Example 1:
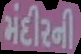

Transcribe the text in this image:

મંદીરની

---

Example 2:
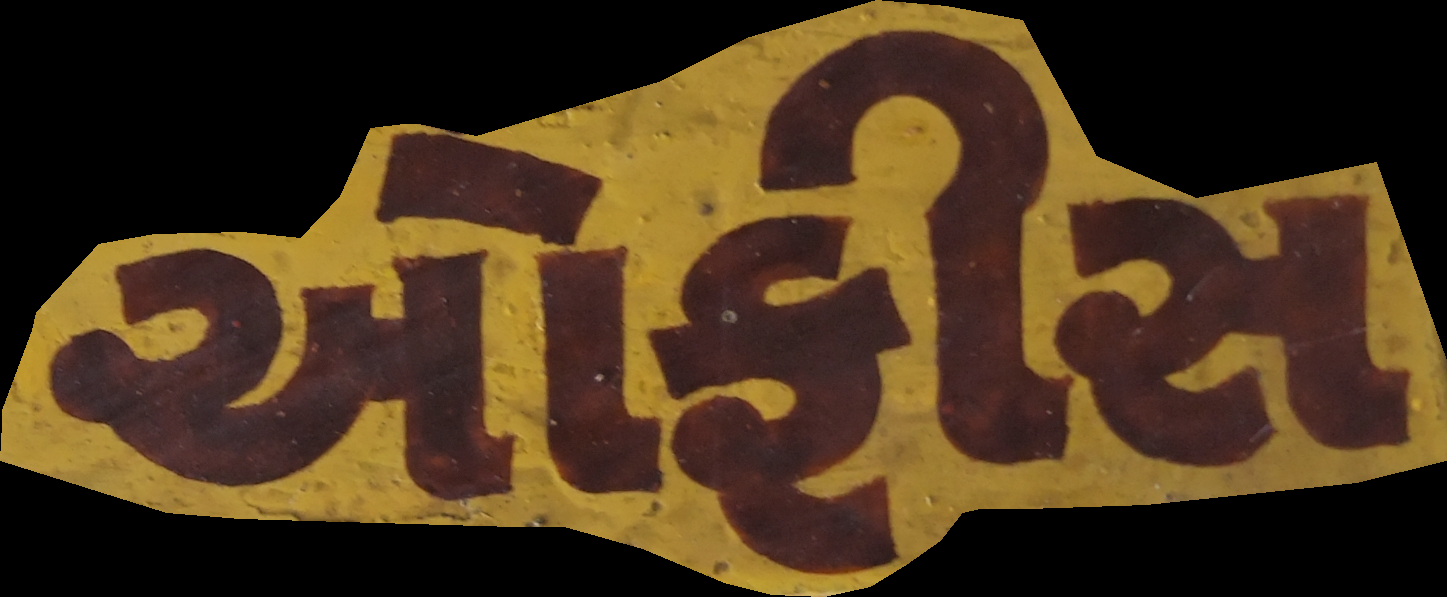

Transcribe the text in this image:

ઓફીસ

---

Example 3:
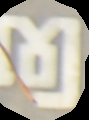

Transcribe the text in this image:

જી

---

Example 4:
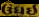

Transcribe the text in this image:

ઉધઇ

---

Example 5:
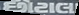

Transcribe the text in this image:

છોટાલ